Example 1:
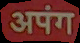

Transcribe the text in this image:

अपंग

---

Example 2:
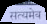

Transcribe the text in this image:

सत्‍यमेव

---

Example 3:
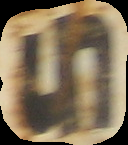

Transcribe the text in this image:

फ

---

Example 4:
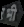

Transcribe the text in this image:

भी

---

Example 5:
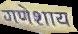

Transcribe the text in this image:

गणेशाय